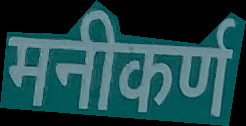
मनीकर्ण